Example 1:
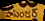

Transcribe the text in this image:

పాసంజర్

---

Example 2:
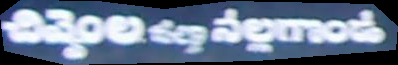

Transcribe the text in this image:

చివ్వెంల జిల్లా నల్లగొండ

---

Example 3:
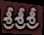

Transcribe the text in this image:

శ్రీశ్రీశ్రీ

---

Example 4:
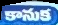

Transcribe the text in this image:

కానుక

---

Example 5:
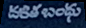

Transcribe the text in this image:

దళిత బంధు